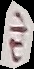
ਦੇ